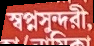
স্বপ্নসুন্দরী